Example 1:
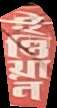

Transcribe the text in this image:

ইন্ডিয়ান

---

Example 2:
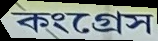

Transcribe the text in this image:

কংগ্রেস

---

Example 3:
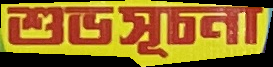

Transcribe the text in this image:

শুডসূচনা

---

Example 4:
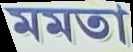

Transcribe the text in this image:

মমতা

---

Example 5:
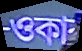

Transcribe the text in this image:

-ওকা